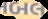
બલ